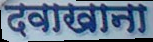
दवाखाना